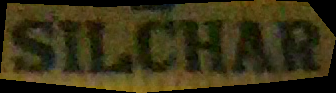
SILCHAR